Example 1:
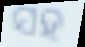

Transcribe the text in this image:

ସହ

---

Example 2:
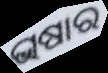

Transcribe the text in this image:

ଘଷାର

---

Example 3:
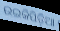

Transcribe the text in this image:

ଉଇକିପିଡ଼ିଆ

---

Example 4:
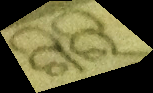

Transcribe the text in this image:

ଗିରି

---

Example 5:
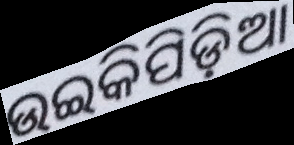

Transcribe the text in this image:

ଉଇକିପିଡ଼ିଆ